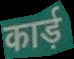
कार्ड़